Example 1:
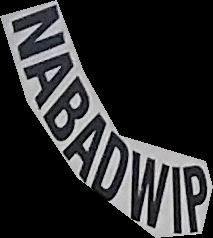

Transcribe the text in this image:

NABADWIP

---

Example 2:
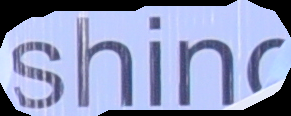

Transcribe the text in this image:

shinc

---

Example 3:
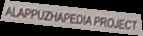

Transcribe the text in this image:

ALAPPUZHAPEDIAPROJECT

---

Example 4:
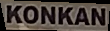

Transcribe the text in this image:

KONKAN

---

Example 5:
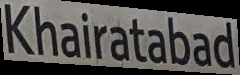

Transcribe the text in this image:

Khairatabad